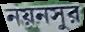
নয়নসুর